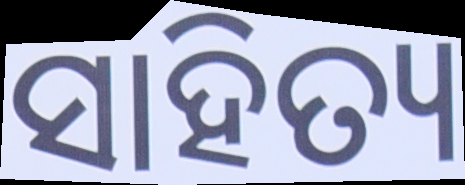
ସାହିତ୍ୟ